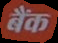
बैंक